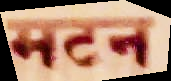
मटन